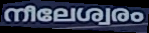
നീലേശ്വരം